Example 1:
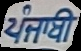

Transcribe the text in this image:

ਪੰਜਾਬੀ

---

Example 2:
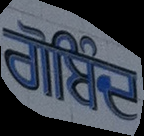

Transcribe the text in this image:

ਗੋਬਿੰਦ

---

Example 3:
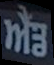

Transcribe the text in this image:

ਐੱਡ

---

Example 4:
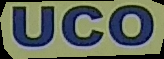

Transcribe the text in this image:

੫੦੦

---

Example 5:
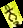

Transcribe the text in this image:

ਨੂੰ